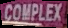
COMPLEX